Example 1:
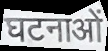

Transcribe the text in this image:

घटनाओं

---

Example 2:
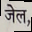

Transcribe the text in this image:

जेल,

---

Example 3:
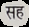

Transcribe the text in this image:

सह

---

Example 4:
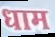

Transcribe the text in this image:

धाम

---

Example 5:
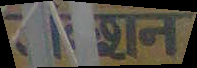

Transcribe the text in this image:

शन